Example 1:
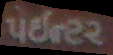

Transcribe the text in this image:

પેઇન્ટ૨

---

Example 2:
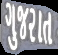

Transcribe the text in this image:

ગુજરાત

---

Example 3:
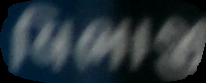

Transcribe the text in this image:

વિભાજી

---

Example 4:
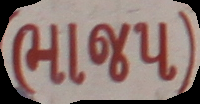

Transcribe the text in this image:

ભાજપ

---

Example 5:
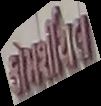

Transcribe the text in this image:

કોમર્શિયલ